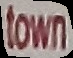
town